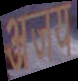
अजय